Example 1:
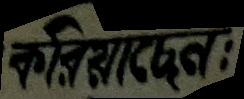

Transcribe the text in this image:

করিয়াছেন:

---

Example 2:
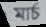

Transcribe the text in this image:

মার্চ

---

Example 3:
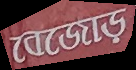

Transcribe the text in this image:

বেজোড়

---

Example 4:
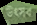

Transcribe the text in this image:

উৎসব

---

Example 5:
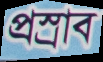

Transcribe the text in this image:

প্রস্রাব